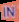
IN